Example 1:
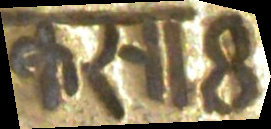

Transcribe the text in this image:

कसा 8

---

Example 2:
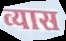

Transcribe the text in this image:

व्यास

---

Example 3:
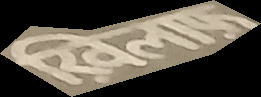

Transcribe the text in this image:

खि़लाफ़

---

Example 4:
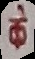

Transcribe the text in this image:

के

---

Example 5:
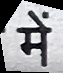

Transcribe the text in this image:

में